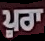
ਪੁਰਾ